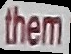
them